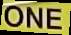
ONE